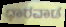
ಧಾರವಾಡ